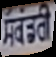
ਸੈਕੰਡਰੀ